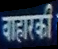
वाहारकी